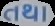
તથા